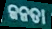
ଜନତା